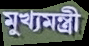
মুখ্যমন্ত্রী